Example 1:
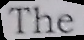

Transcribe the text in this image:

The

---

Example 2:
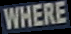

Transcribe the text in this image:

WHERE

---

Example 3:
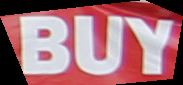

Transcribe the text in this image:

BUY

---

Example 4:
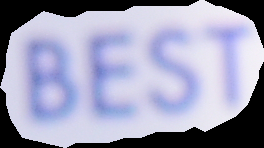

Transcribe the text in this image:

BEST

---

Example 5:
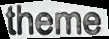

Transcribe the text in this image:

theme